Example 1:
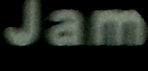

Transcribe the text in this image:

Jam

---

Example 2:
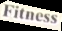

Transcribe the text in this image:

Fitness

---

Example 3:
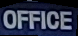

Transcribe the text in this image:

OFFICE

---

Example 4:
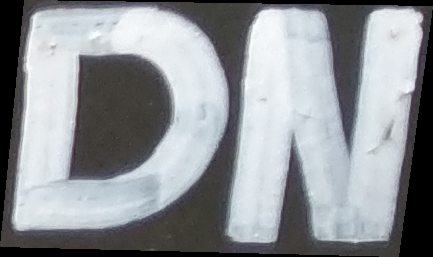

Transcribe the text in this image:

DN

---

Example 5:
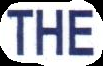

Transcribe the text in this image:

THE